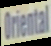
Oriental